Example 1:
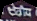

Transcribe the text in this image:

क्षेत्रीय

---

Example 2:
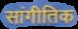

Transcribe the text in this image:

सांगीतिक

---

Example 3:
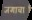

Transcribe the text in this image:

जगाचा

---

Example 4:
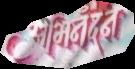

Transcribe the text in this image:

अभिनंदन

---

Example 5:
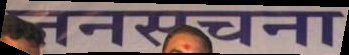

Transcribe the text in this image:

जनसूचना